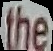
the